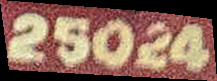
25024